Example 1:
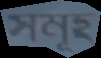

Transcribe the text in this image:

সমুহ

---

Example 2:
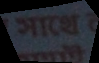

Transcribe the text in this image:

সাথে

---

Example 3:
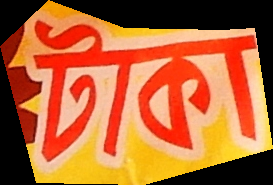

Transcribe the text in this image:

টাকা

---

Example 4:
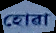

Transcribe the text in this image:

হোৱা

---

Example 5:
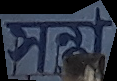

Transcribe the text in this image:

স